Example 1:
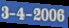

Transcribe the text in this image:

3-4-2006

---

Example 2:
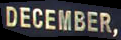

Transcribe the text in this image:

DECEMBER,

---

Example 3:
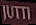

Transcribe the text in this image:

JUTTI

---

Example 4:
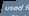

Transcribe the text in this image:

used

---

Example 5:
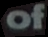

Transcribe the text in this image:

of